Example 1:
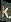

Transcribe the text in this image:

K.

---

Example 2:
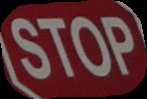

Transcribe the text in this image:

STOP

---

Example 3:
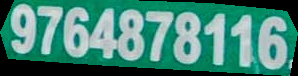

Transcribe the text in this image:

9764878116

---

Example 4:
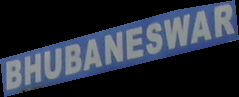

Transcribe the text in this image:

BHUBANESWAR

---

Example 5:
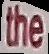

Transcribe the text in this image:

the